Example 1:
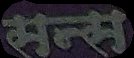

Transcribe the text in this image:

सन्स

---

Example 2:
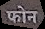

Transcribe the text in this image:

फोन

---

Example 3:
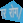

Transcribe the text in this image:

रोग/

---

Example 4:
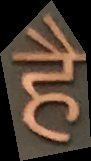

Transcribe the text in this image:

है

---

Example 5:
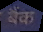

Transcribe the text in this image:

बैंक